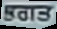
ਭਗਤ